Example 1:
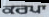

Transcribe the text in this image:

ਕਰਪਾ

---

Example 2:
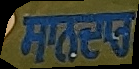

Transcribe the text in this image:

ਸਾਨਦਾਰ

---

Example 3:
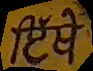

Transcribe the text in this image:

ਇੱਥੇ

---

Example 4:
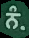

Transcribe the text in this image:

ਨੰ.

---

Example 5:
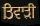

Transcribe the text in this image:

ਤਿਵਾੜੀ